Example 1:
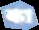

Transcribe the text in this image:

का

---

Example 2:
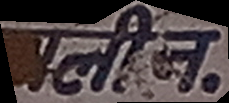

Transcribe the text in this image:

लीन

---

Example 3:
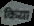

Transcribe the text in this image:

किया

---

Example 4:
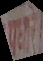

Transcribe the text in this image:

पधारे।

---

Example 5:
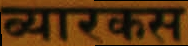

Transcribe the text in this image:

ब्यारकस